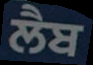
ਲੈਬ